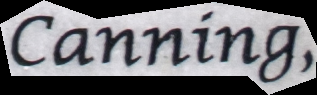
Canning,